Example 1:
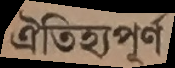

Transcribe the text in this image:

ঐতিহ্যপূর্ণ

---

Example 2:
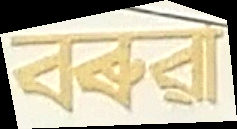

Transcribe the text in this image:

বৰুৱা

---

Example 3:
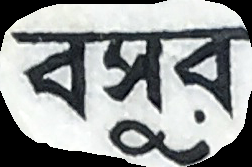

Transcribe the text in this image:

বঙ্গুর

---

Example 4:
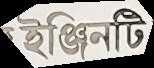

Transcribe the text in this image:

ইঞ্জিনটি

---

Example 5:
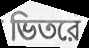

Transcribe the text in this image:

ডিতরে